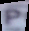
P